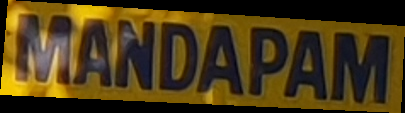
MANDAPAM